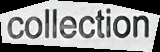
collection